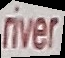
river